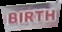
BIRTH